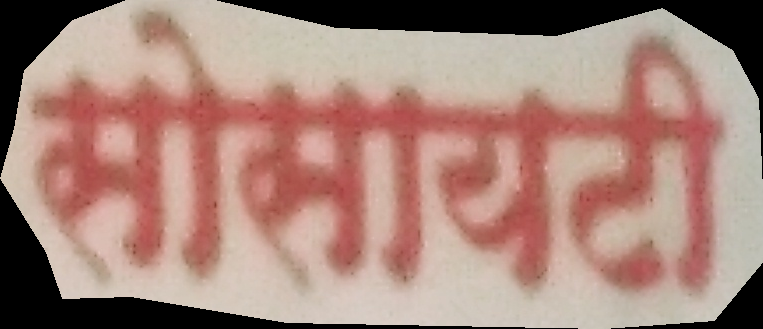
सोसायटी